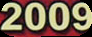
2009